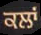
ਕਲਾਂ